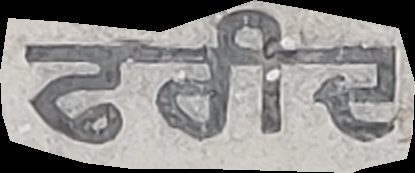
ਫਰੀਦ